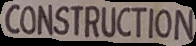
CONSTRUCTION